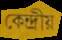
কেন্দ্ৰীয়